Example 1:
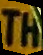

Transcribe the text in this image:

TH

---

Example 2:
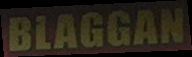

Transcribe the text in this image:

BLAGGAN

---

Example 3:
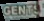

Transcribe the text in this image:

GENTS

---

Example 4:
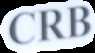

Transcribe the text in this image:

CRB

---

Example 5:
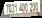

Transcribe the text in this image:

7031400200